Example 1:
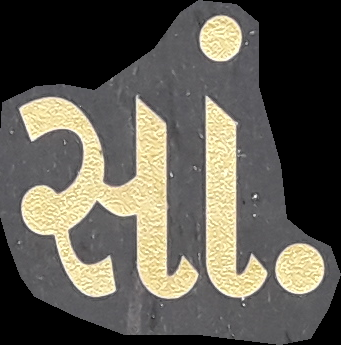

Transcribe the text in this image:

સાં.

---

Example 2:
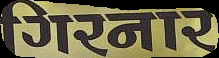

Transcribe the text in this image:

ગિરનાર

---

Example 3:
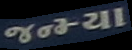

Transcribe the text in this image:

જન્મ્યા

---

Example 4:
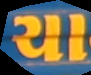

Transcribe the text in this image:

ચા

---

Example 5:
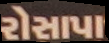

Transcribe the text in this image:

રોસાપા